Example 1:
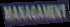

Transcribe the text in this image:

MANAGAMENT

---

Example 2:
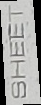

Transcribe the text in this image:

SHEET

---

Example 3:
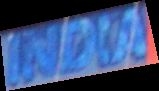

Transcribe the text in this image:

INDIA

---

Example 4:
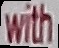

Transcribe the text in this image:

with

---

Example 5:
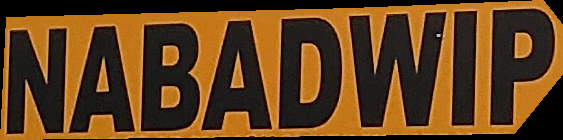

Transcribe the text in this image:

NABADWIP